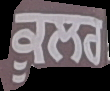
ਕੂਲਰ